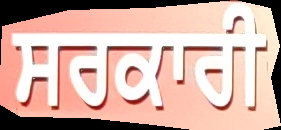
ਸਰਕਾਰੀ